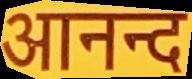
आनन्द